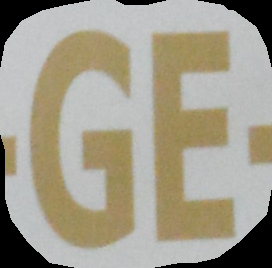
GE